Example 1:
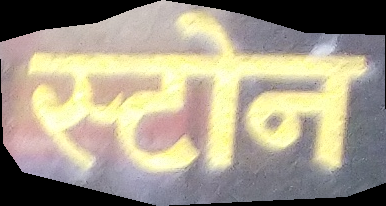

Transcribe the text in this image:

स्टोन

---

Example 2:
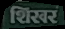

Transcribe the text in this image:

शिखर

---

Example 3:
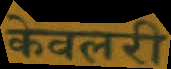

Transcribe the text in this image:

केवलरी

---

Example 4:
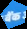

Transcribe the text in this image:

बैंक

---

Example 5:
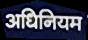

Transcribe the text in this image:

अधिनियम